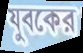
যুবকের